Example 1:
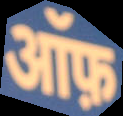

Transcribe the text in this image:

ऑफ़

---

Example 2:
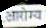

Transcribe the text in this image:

आरोग्य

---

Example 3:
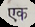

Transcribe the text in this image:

एक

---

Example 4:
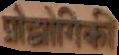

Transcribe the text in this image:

प्रोधोगिकी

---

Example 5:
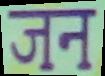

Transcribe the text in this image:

जन